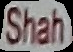
Shah